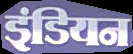
इंडियन